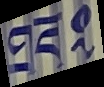
এবং